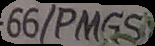
66/PMGS